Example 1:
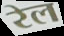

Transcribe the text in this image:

रेल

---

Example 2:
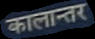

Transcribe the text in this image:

कालान्तर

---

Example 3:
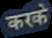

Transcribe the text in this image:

करके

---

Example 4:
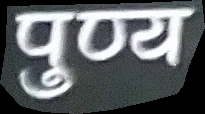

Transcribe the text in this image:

पुण्य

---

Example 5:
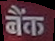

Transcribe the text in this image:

बैंक